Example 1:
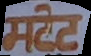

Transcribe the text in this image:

मंटेट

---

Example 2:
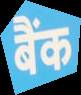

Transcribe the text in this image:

बैंक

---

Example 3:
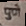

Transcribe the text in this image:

पुणे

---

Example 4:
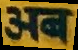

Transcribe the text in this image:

अब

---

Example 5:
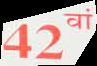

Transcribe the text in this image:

42वां